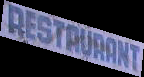
RESTAURANT